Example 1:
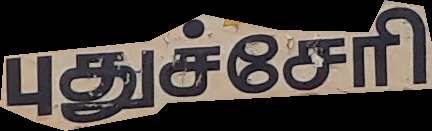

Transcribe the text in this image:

புதுச்சோி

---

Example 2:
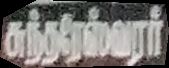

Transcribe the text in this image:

சுந்தரேஸ்வரா்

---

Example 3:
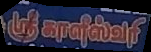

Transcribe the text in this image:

ஸ்ரீகாளீஸ்வரி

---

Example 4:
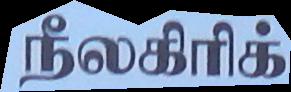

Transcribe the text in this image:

நீலகிரிக்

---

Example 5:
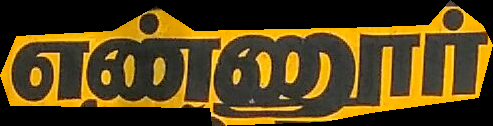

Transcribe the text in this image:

எண்ணூா்